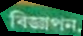
বিজ্ঞাপন,